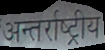
अन्तर्राष्ट्रीय